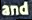
and